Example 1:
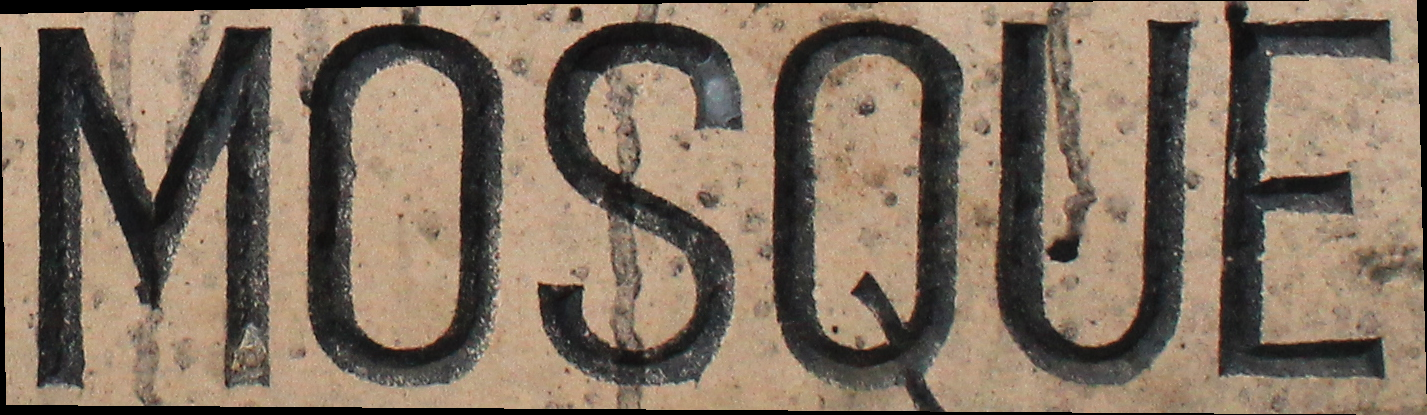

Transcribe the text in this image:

MOSQUE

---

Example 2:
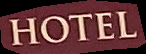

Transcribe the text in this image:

HOTEL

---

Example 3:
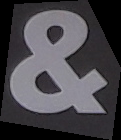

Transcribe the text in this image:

&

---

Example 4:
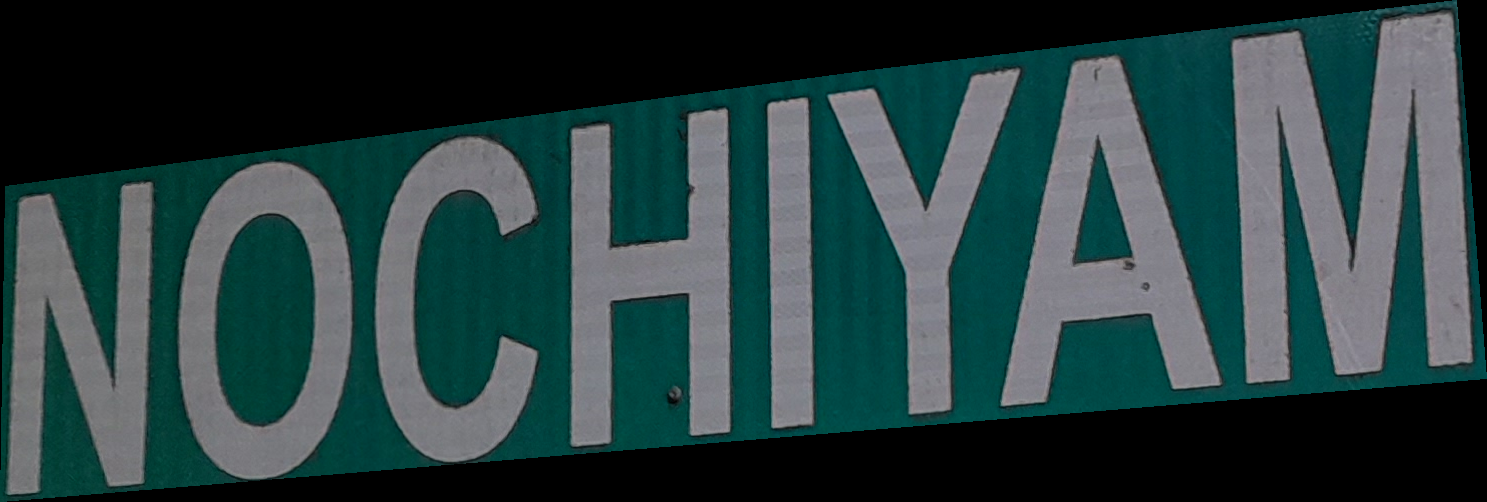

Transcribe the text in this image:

NOCHIYAM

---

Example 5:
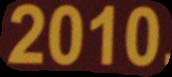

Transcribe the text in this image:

2010,